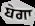
ਬੇਗਾ